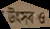
উৎসব ও